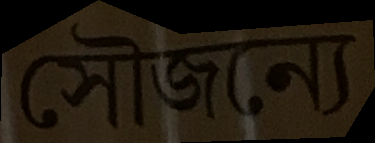
সৌজন্যে